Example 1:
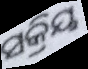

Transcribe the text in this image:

ସକ୍ରିୟ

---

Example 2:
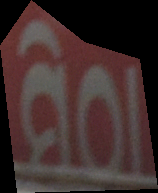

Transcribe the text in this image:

ମିଠା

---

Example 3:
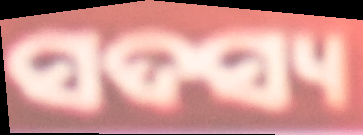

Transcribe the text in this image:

ସଦସ୍ୟ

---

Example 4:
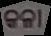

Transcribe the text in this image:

କଳା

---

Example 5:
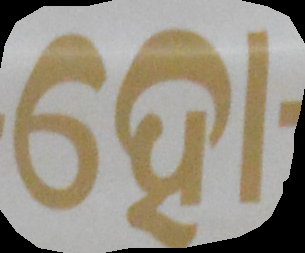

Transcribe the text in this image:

ହୋ